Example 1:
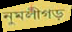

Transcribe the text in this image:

নুমলীগড়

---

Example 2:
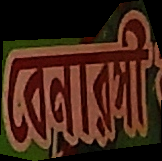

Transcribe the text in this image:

বেনাৱসী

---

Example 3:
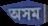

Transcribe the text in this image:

অসম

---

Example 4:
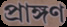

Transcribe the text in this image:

প্ৰাঙ্গণ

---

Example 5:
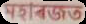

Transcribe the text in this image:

মহাৰজত